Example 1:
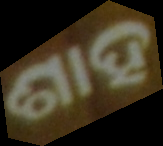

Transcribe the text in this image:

ଶାହ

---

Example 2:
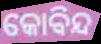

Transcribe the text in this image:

କୋବିନ୍ଦ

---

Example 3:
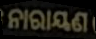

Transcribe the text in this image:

ନାରାୟଣ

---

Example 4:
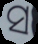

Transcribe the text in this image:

ସ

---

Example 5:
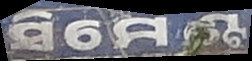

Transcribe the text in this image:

ସିମେଣ୍ଟ